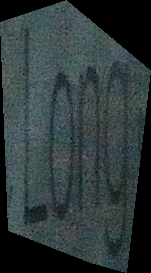
Long